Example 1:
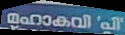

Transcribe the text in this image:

മഹാകവി 'പി'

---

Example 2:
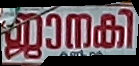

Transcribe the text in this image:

ജാനകി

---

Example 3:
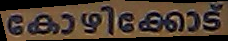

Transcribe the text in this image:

കോഴിക്കോട്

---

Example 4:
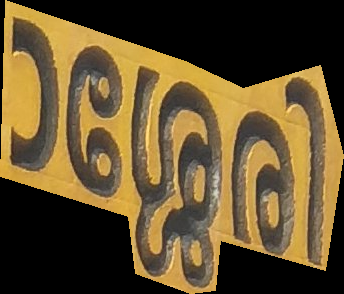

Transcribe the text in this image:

ാശ്ശേരി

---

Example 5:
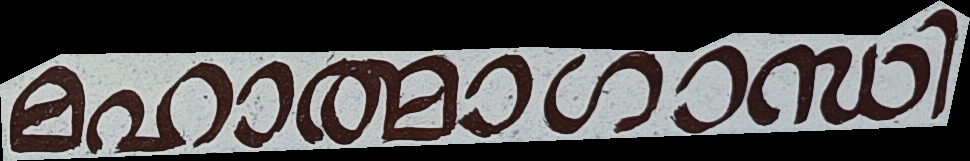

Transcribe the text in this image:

മഹാത്മാഗാന്ധി